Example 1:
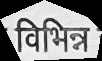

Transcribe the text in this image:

विभिन्न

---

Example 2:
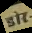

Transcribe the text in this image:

डोर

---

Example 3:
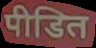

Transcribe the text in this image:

पीडित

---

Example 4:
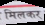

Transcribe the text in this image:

मिलकर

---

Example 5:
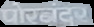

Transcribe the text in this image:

पोरबंदर